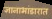
ज्ञानाभांडारात